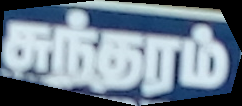
சுந்தரம்